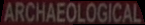
ARCHAEOLOGICAL